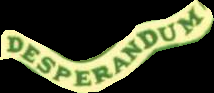
DESPERANDUM